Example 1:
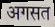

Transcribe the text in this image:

अगसत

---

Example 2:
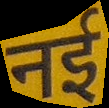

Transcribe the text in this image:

नई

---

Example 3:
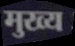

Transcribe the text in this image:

मुख्य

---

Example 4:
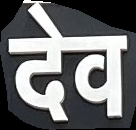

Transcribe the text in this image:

देव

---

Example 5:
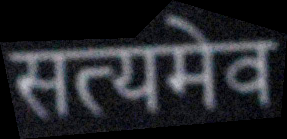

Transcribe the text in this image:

सत्यमेव